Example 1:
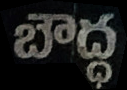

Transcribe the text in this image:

బౌద్ధ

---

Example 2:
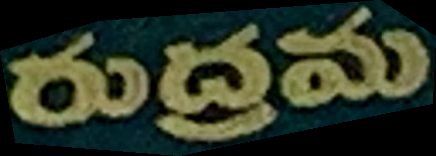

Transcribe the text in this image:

రుద్రమ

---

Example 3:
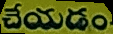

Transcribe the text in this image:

చేయడం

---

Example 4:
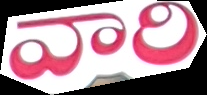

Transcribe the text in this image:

వారి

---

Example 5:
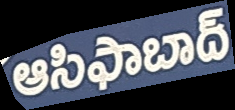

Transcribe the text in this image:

ఆసిఫాబాద్